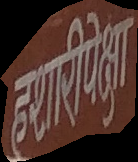
हशारीपेक्षा